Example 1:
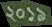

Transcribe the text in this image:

২০১৯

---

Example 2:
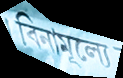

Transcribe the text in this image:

বিনামূল্যে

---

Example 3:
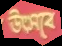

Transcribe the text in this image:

উৎসবে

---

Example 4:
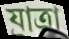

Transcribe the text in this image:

যাত্রা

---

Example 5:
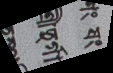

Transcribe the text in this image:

বৃহস্পতি শ্রীদুর্গায় শং যং সহ